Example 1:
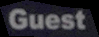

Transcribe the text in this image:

Guest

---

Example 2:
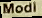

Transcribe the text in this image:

Modi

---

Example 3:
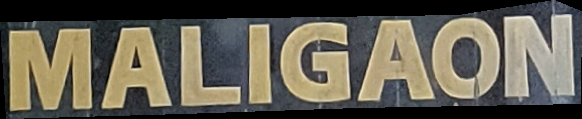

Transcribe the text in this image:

MALIGAON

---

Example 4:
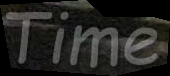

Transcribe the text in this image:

Time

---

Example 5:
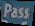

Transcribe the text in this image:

Pass